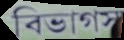
বিভাগস